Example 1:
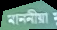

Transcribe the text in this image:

মাননীয়া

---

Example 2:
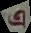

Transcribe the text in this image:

এ্র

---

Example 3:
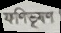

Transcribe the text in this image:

ফণিভূষণ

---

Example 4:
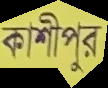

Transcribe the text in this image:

কাশীপুর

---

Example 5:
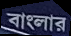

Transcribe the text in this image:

বাংলার